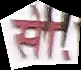
सौ.